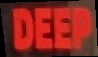
DEEP